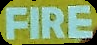
FIRE